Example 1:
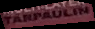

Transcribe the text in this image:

TARPAULIN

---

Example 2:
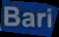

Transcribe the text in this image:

Bari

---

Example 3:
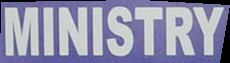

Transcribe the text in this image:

MINISTRY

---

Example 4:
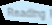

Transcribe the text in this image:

Reading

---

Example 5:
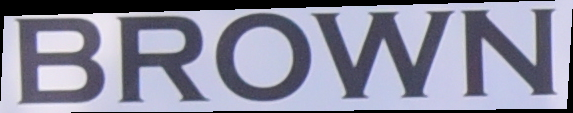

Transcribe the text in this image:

BROWN